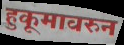
हुकूमावरुन